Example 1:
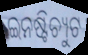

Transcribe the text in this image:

ଇନଷ୍ଟିଚ୍ୟୁତ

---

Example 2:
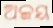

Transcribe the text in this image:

ଅଳଯ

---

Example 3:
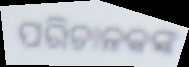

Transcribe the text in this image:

ପରିଚାଳକଙ୍କ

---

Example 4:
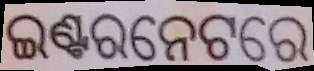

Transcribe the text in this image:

ଇଣ୍ଟରନେଟରେ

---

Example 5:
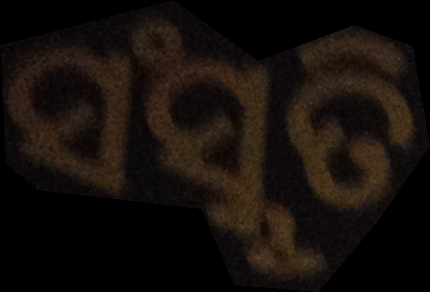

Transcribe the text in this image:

ସଂସ୍କୃତି